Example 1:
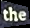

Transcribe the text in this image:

the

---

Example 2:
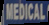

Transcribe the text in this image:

MEDICAL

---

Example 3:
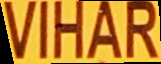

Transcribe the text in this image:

VIHAR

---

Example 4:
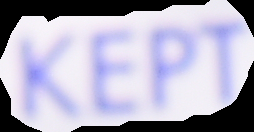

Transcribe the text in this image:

KEPT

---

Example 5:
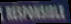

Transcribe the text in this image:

RESPONSIBLE